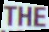
THE